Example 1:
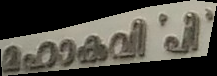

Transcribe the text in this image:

മഹാകവി'പി'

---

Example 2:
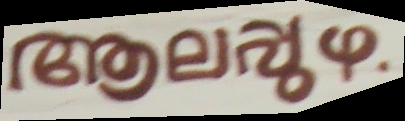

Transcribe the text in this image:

ആലപ്പുഴ.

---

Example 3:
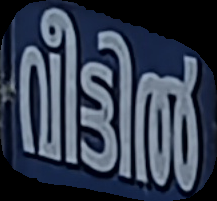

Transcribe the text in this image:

വീട്ടിൽ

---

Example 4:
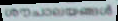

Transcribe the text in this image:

ശൗചാലയങ്ങൾ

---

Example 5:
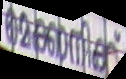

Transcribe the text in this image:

മെക്കാനിക്ക്